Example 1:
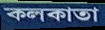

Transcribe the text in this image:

কলকাতা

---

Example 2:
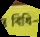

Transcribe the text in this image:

বিধি-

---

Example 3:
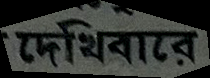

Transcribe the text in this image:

দেখিবারে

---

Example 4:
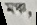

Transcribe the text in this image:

মঞ্চ,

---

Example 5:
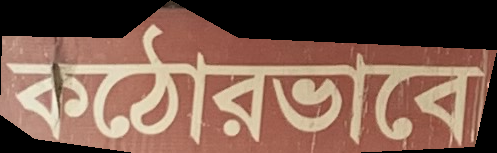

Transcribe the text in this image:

কঠোরভাবে